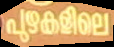
പുഴകളിലെ